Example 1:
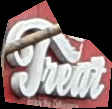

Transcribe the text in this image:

Treat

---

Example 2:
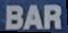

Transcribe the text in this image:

BAR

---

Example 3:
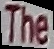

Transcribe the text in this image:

The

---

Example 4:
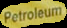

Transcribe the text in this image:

Petroleum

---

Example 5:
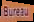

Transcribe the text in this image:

Bureau